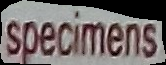
specimens